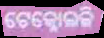
ଟେକ୍ନୋଲଜି